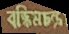
বঙ্কিমচর।